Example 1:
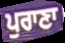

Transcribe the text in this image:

ਪੁਰਾਣਾ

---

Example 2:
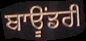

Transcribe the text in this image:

ਬਾਊਂਡਰੀ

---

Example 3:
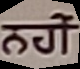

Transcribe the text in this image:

ਨਹੀਂ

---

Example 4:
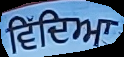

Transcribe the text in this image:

ਵਿੱਦਿਆ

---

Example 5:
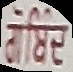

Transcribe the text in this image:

ਗੋਬਿੰਦ